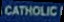
CATHOLIC